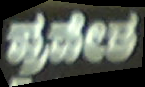
ಪ್ರಸೇತ